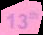
13th